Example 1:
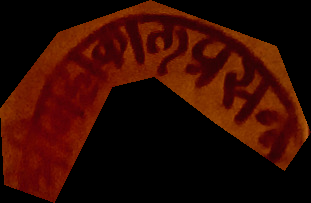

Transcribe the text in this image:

श्रीमहाकालप्रसन्न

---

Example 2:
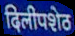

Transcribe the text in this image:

दिलीपशेठ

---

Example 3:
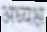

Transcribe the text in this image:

अध्यक्ष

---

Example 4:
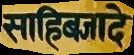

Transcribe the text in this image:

साहिबजादे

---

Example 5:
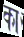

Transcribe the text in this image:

का